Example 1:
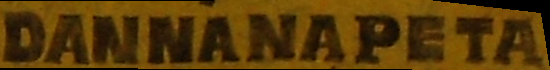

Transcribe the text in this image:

DANNANAPETA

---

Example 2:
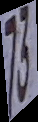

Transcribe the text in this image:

73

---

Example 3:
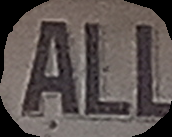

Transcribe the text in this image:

ALL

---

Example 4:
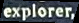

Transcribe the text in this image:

explorer,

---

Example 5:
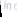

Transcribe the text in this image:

in